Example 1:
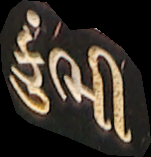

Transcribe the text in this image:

કુંભી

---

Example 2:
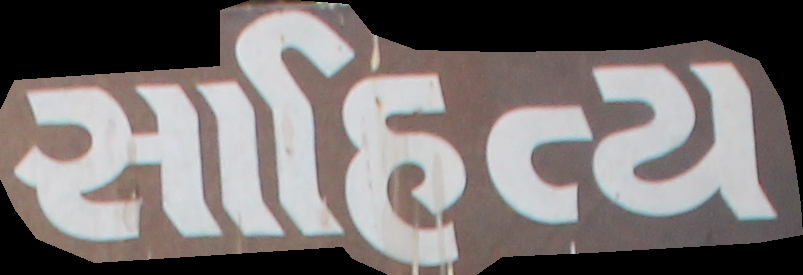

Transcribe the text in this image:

સાહિત્ય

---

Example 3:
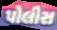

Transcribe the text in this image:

પોલીસ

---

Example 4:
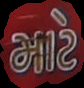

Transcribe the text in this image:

માટે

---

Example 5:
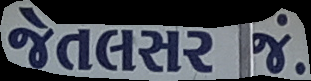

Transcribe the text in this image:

જેતલસર જં.